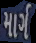
માર્ગ